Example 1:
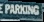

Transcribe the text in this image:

PARKING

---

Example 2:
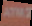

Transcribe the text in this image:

ATM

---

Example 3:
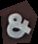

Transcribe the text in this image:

&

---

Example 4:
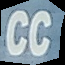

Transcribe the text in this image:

CC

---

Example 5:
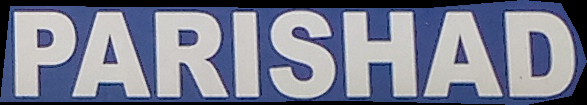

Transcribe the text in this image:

PARISHAD